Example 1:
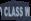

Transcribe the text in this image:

CLASS W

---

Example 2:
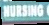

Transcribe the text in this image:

NURSING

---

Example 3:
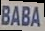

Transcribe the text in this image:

BABA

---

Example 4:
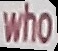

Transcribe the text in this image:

who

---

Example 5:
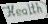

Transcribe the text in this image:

Health